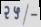
२५/-